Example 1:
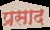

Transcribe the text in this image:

प्रसाद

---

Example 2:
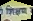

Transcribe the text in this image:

शिक्षण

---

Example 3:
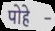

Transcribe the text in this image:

पोहे-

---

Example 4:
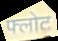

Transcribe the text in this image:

फ्लोट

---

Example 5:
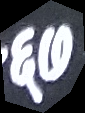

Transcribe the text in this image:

६७